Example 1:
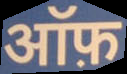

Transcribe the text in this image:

ऑफ़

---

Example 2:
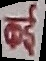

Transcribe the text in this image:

कई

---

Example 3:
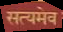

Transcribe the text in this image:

सत्यमेव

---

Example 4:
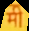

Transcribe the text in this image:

मी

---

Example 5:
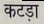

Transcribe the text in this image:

कटड़ा